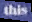
this